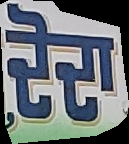
ਦੋਦਾ